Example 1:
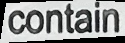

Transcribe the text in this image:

contain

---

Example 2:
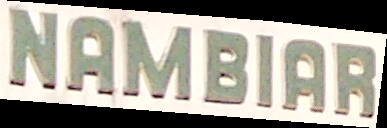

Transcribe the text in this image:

NAMBIAR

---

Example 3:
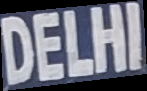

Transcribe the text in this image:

DELHI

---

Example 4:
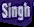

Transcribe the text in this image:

Singh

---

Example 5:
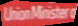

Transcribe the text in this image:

UnionMinister